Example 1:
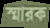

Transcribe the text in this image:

স্মারক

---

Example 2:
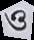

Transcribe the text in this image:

ও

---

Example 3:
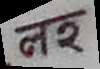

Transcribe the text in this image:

লহ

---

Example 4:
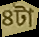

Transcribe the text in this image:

৪টা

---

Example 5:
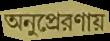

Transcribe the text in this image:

অনুপ্রেরণায়